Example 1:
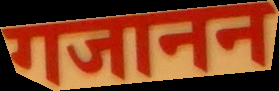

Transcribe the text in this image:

गजानन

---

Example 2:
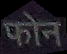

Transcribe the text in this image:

फोन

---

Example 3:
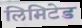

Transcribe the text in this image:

लिमिटेड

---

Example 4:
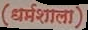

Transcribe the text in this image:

(धर्मशाला)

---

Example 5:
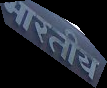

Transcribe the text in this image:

भारतीय